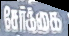
சோ்க்கை